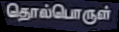
தொல்பொருள்